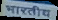
भारतीय